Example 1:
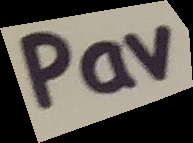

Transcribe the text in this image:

Pav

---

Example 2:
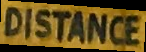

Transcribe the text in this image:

DISTANCE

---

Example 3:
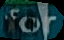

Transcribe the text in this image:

for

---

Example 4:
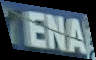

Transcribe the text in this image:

ENA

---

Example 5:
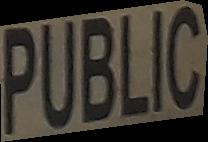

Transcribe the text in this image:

PUBLIC